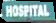
HOSPITAL